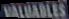
VALUABLES